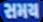
સમય